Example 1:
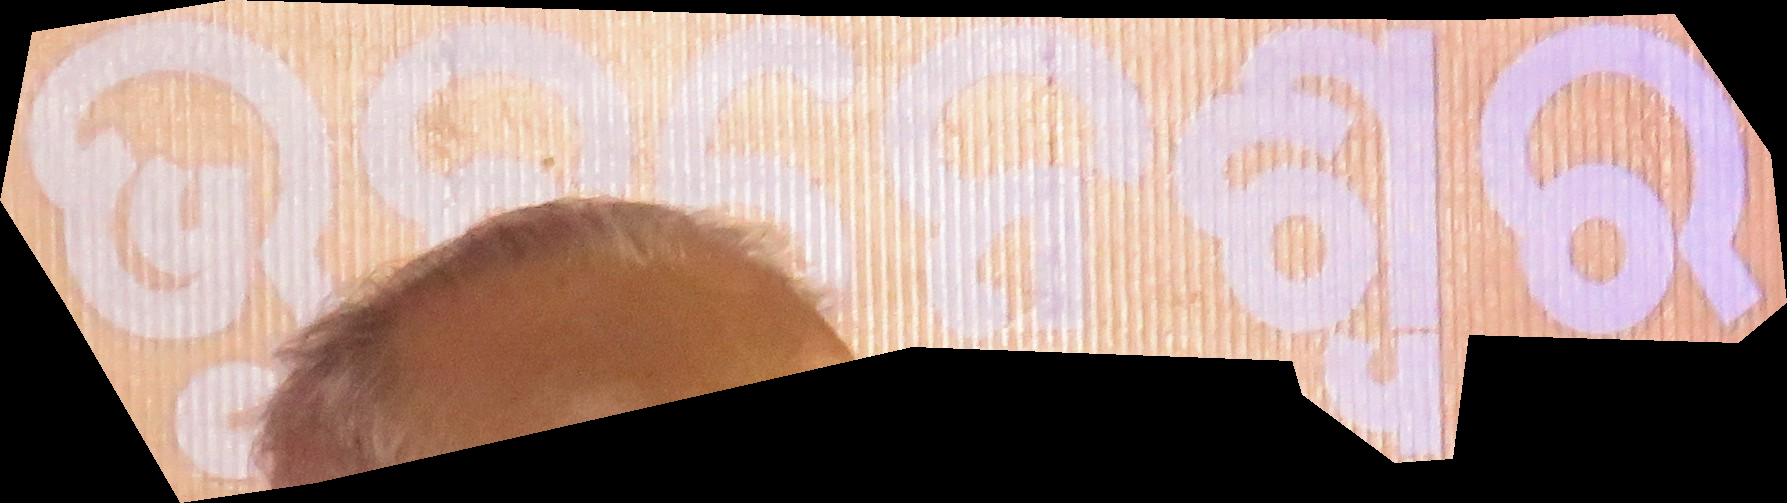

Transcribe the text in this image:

ଭୁବନେଶ୍ବର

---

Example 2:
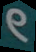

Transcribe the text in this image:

୧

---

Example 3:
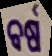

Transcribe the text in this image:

ବର୍ଷ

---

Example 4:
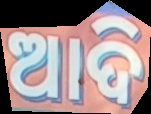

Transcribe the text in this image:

ଆଦି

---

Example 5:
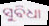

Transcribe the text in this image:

ସୁବିଧା